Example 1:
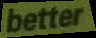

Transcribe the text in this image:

better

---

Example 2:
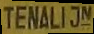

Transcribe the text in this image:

TENALIJN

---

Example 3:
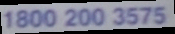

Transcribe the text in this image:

18002003575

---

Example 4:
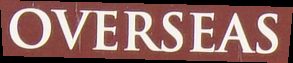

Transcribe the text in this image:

OVERSEAS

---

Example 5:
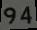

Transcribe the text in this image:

94